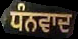
ਧੰਨਵਾਦ